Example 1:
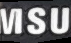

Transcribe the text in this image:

MSU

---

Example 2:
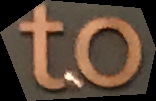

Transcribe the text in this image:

to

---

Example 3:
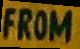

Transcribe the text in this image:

FROM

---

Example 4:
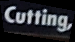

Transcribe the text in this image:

Cutting,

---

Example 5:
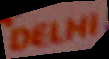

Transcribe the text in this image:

DELHI